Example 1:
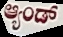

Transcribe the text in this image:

ಆ್ಯಂಡ್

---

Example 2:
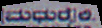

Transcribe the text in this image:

ಮಧುರೆಲಿ.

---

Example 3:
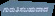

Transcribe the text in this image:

ಗುರುತಿಸಬಹುದಾದ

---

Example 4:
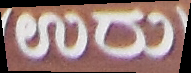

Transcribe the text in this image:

ಉರು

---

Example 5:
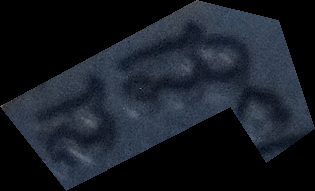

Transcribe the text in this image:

ನಮ್ಗ್ರ